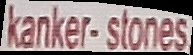
kanker-stones